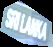
SRILANKA